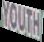
YOUTH